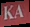
KA